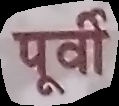
पूर्वी